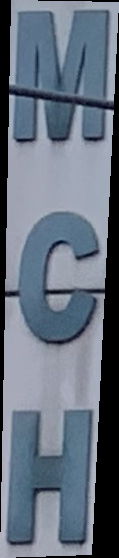
MCH